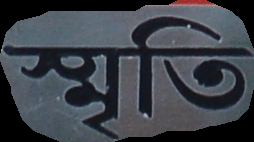
স্মৃতি